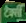
टैक्सी